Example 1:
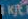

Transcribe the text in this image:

kjt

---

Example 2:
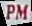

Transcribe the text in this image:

PM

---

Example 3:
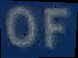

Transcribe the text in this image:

OF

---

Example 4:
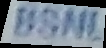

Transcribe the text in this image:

BSNL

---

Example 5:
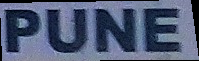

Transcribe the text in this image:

PUNE